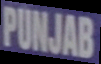
PUNJAB